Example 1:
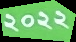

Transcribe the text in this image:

২০২২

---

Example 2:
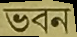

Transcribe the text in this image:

ভবন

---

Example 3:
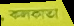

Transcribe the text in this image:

কলকাতা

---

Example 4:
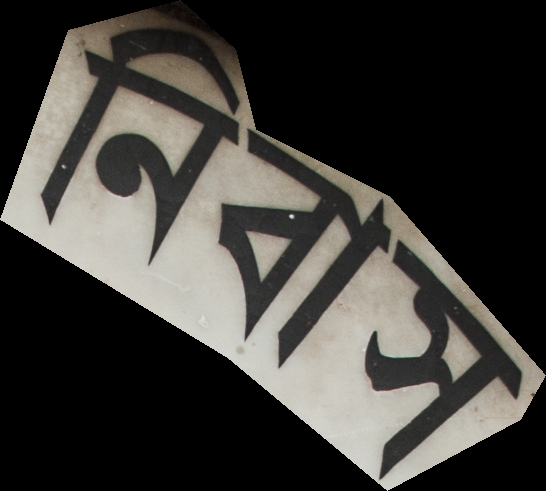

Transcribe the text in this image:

নিবাস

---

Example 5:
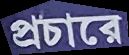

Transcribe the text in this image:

প্রচারে